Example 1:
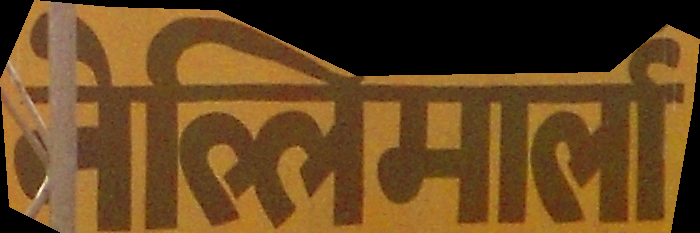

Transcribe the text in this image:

नेल्लिमाली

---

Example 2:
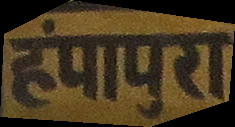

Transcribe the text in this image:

हंपापुरा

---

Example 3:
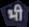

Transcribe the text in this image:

भी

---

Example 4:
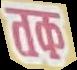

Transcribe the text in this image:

तक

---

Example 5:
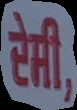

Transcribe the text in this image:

रेमी,